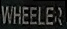
WHEELER